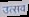
उत्सव